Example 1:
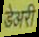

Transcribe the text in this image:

डेअरी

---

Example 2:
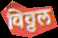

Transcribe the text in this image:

विठ्ठल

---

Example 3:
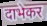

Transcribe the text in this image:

दाभेकर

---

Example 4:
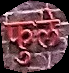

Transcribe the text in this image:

फुले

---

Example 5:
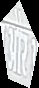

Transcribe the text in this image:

और